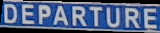
DEPARTURE